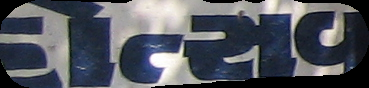
કોત્સવ